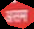
असम